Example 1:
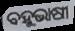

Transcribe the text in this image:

ବହୁଭାଷୀ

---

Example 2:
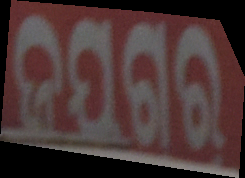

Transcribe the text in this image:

ଜଗନ୍ନାଥ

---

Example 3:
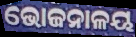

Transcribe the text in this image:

ଭୋଜନାଳୟ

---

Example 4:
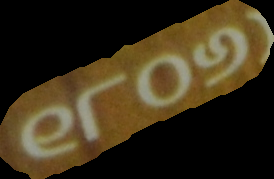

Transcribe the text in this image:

୧୮୦୬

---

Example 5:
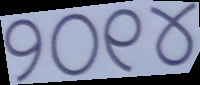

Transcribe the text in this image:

୨୦୧୪